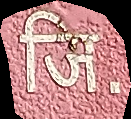
जि.